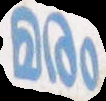
മരം